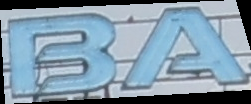
BA